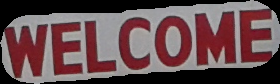
WELCOME